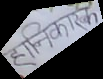
हानिकारक